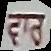
ਵਾਰ